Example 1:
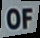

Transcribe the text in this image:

OF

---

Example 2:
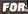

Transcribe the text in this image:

FOR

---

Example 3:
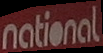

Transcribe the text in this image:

national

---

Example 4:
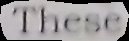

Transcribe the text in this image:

These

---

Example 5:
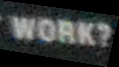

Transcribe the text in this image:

WORK?